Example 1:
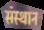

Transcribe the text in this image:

संस्थान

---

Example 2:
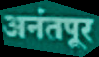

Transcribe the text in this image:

अनंतपूर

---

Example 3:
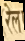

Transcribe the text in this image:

रेल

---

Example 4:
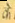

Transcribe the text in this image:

के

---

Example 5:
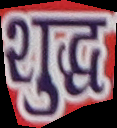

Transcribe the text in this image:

शु़द्ध